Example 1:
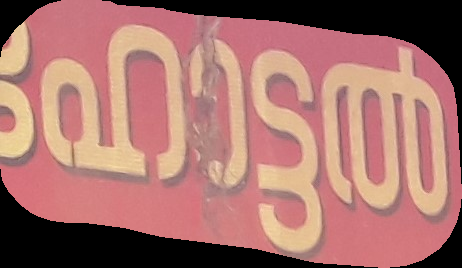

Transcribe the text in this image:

ഹാട്ടൽ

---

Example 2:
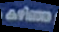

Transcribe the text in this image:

കഴിഞ്ഞ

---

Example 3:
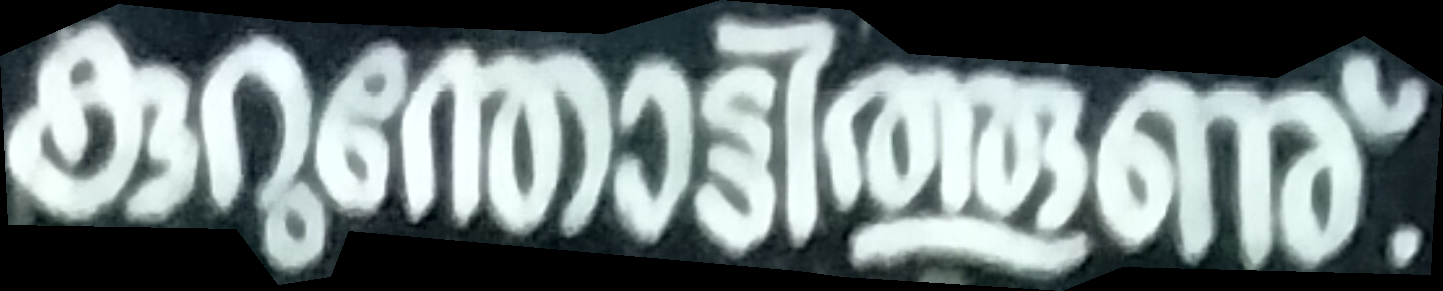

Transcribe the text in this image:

കുറുന്തോട്ടിത്തൂണു്.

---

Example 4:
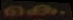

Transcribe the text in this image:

കെ.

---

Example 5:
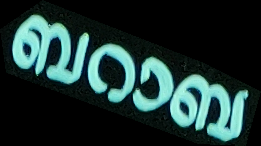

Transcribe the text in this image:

ബറാബ